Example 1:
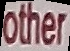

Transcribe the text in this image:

other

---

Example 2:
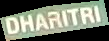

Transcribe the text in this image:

DHARITRI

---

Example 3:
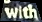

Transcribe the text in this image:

with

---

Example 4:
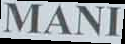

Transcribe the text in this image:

MANI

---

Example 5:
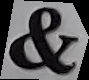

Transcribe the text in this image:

&